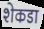
शेकडा